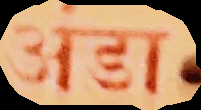
अंडा